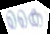
കൈ